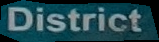
District